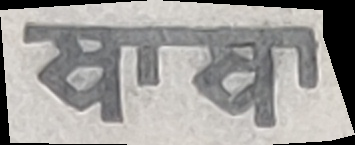
ਥਾਥਾ